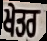
ਖੇਤਰ